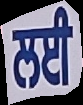
ਲਈ